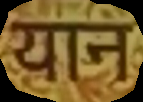
यान